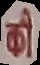
को